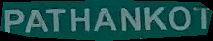
PATHANKOT